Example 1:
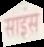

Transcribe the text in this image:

साइंस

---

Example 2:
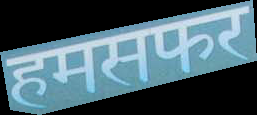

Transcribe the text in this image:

हमसफर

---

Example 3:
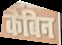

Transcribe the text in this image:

कैबिन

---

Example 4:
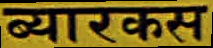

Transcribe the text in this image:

ब्यारकस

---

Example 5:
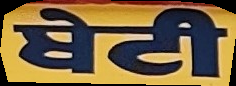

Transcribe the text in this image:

घेटी